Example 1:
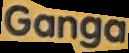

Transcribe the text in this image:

Ganga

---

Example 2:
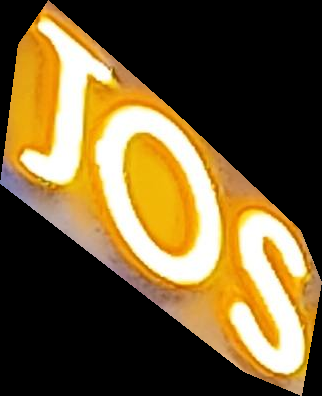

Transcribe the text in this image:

JOS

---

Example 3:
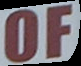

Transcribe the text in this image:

OF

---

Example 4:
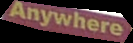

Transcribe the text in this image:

Anywhere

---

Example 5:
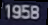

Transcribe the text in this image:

1958